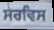
ਸਰਵਿਸ